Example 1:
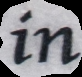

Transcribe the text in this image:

in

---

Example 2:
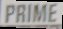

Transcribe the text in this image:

PRIME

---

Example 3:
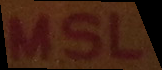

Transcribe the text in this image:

MSL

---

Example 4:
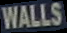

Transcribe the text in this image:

WALLS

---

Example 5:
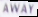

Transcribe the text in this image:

AWAY